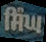
ਸਿੰਘ